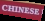
CHINESE